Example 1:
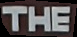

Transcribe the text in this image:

THE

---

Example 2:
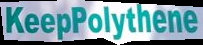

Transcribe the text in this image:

KeepPolythene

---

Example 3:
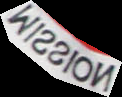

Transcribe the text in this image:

MISSION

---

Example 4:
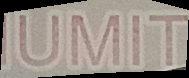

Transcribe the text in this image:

UMIT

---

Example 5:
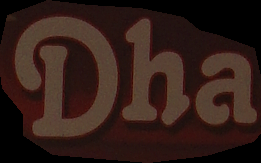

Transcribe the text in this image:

Dha